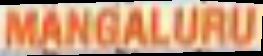
MANGALURU